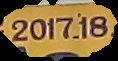
2017.18